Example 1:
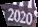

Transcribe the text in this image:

2020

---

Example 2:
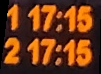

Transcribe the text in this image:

1 17:15 2 17:15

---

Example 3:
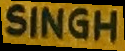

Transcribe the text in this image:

SINGH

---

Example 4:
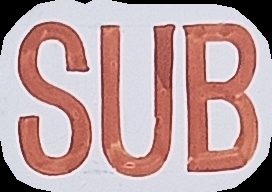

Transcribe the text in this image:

SUB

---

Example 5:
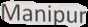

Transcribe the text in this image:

Manipur